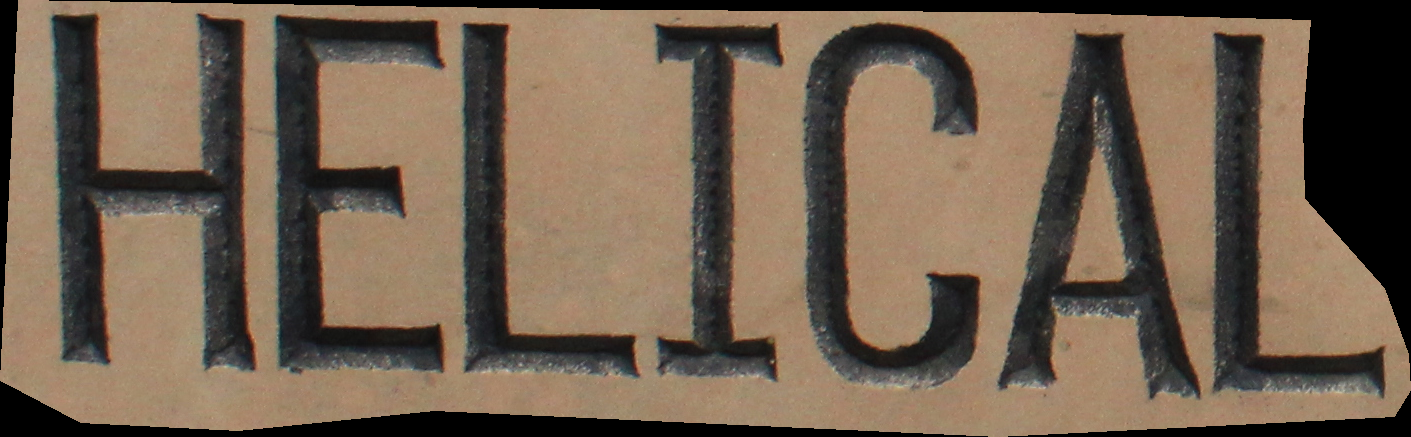
HELICAL